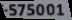
-575001